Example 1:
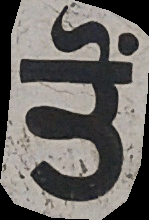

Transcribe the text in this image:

ਤੋਂ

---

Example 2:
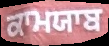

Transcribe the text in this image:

ਕਾਮਯਾਬ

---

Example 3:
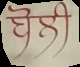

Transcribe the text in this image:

ਬੇਲੀ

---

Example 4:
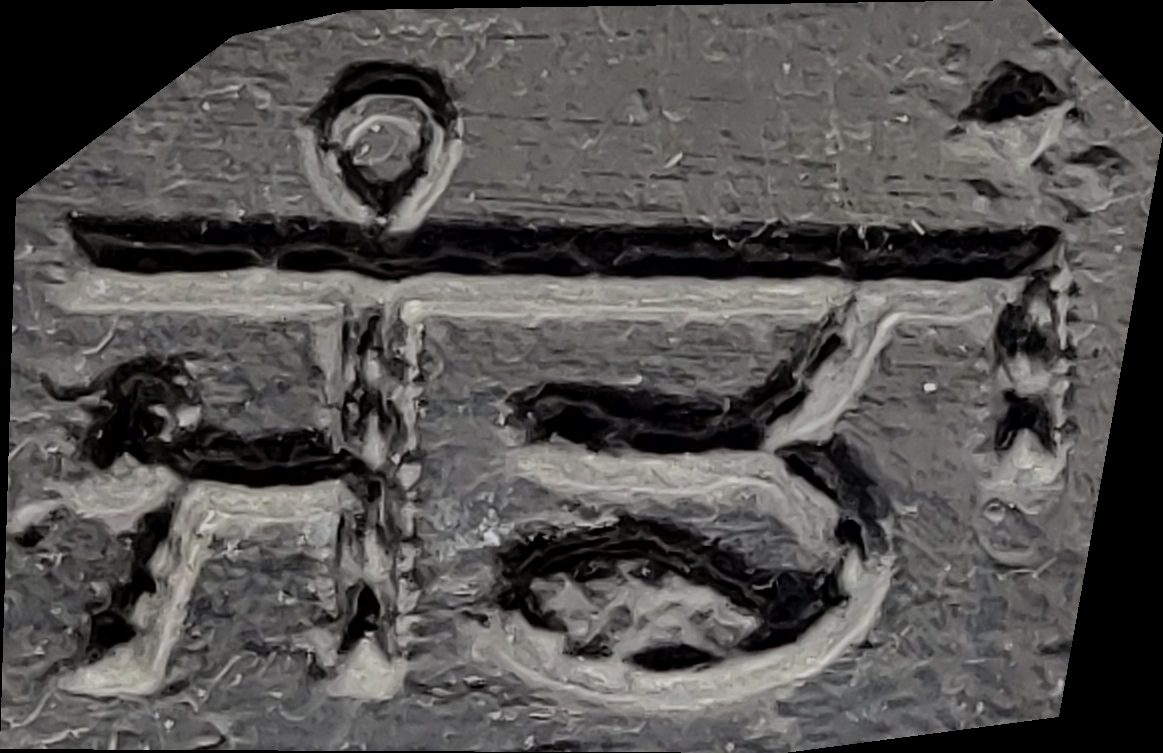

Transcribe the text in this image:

ਜੰਡਾਂ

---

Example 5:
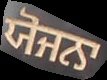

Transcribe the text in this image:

ਯੋਜਨਾ